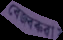
বেজবৰুৱা